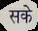
सके